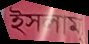
ইসলাম্